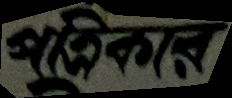
পত্রিকার